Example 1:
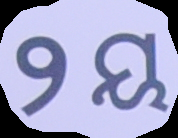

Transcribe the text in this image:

୨ୟ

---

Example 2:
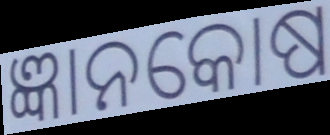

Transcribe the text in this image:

ଜ୍ଞାନକୋଷ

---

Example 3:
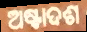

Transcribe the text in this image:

ଅଷ୍ଟାଦଶ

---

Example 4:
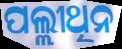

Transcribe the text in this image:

ପଲ୍ଲୀଥୁନ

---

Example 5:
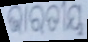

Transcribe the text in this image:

ଭାରତୀୟ